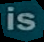
is